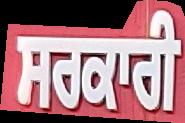
ਸਰਕਾਰੀ